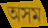
অসম